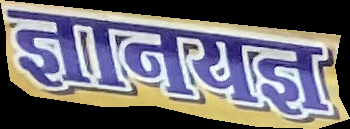
ज्ञानयज्ञ